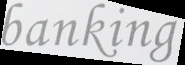
banking